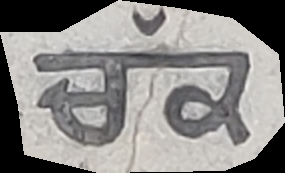
ਚਂਕ